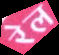
रेल